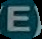
E